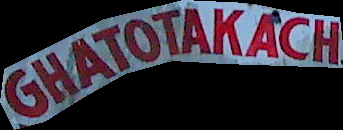
GHATOTAKACH